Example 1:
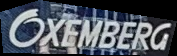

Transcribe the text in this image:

OXEMBERG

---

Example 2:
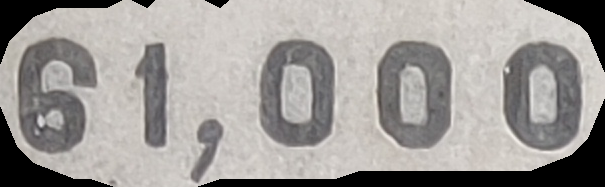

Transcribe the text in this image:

61,000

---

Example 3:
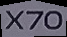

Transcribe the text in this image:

X70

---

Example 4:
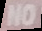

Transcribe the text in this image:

NO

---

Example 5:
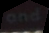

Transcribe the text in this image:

and